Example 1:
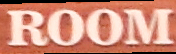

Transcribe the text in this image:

ROOM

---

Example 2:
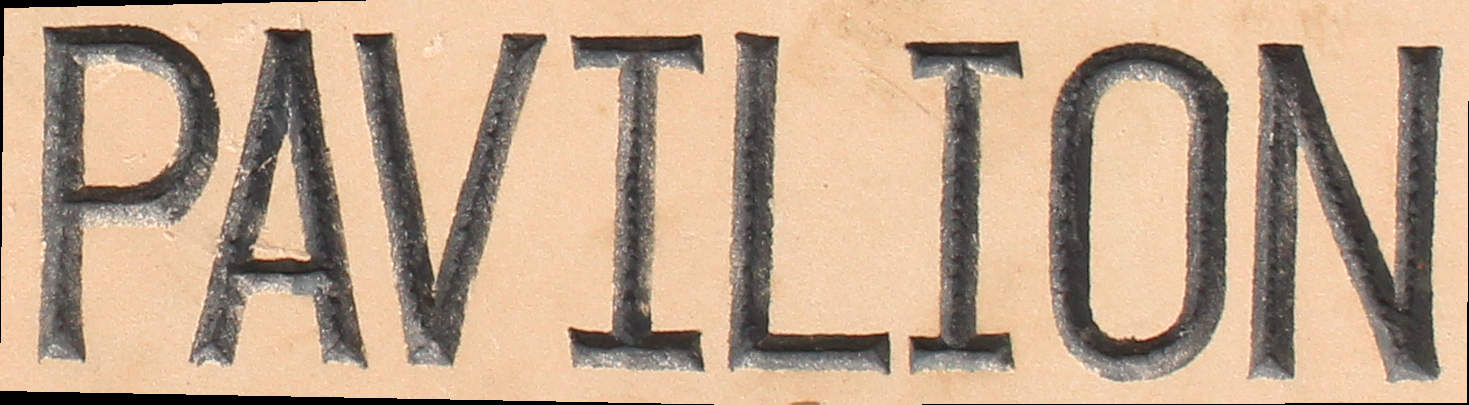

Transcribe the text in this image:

PAVILION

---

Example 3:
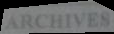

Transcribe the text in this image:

ARCHIVES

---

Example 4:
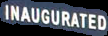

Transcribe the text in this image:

INAUGURATED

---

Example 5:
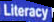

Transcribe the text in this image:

Literacy